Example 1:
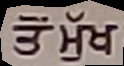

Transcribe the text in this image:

ਤੋਂ ਮੁੱਖ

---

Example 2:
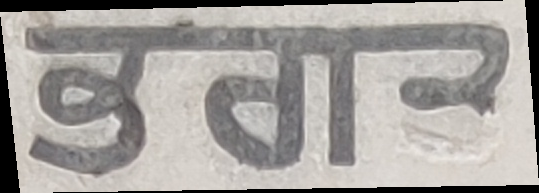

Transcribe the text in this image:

ਭਂਗਤ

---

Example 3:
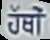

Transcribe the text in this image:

ਹੱਥों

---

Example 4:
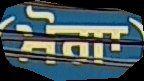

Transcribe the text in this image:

(ਮੋਗਾ)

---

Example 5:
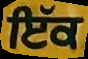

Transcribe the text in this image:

ਇੱਕ